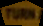
TURN